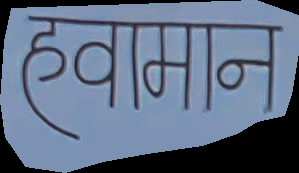
हवामान